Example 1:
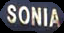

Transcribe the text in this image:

SONIA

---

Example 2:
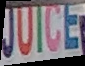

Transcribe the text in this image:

JUICE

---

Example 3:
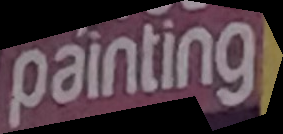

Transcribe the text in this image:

painting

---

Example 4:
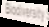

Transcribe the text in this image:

Biodiversity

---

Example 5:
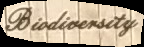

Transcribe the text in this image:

Biodiversity